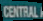
CENTRAL